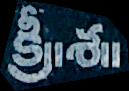
క్రీ॥శ॥